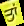
ਤਾਂ